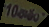
10 శాతం